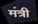
मंत्री